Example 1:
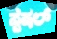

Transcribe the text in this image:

ಪ್ಪಷಲ್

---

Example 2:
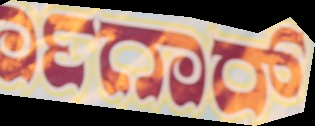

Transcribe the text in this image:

೯ದಾರ್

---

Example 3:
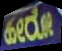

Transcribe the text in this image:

ಹೇರೊ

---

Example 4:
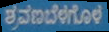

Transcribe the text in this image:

ಶ್ರವಣಬೆಳಗೊಳ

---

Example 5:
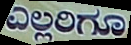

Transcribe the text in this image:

ಎಲ್ಲರಿಗೂ